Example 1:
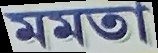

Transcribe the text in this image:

মমতা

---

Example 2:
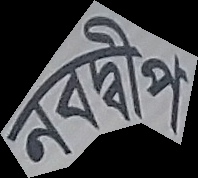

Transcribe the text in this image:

নবদ্বীপ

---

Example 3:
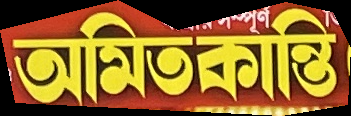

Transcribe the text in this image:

অমিতকান্তি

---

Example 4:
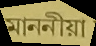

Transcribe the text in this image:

মাননীয়া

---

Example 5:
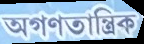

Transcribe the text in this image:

অগণতান্ত্রিক